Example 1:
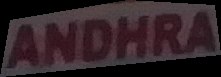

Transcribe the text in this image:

ANDHRA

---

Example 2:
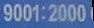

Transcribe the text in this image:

9001:2000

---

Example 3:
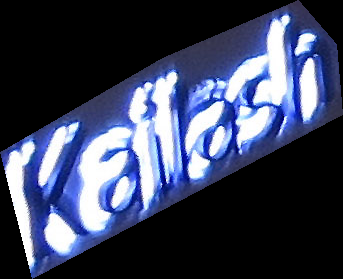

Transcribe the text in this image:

Kailash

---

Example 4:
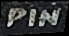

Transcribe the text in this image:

PIN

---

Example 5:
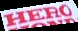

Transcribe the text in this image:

HERO